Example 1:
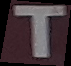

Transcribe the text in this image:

T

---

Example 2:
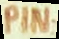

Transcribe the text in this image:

PIN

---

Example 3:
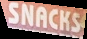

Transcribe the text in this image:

SNACKS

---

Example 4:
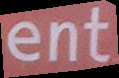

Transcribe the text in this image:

ent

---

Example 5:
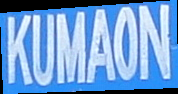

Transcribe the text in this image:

KUMAON